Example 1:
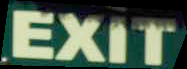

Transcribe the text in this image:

EXIT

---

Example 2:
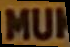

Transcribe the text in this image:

MUN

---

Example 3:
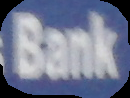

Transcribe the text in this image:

Bank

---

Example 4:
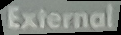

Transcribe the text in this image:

External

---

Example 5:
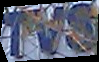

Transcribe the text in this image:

TVS